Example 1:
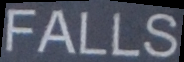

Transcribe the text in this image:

FALLS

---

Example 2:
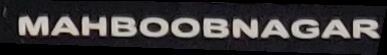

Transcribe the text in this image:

MAHBOOBNAGAR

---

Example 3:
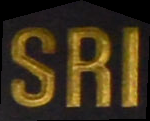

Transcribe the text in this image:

SRI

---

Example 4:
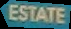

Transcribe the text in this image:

ESTATE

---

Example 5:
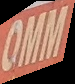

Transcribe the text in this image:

OMM